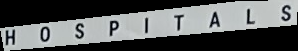
HOSPITALS